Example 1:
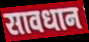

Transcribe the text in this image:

सावधान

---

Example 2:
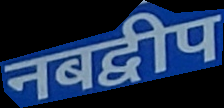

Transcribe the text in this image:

नबद्वीप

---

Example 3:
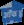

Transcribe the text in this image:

ऑफ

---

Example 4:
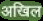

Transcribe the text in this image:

अखि‍ल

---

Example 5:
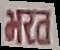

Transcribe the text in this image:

भरत